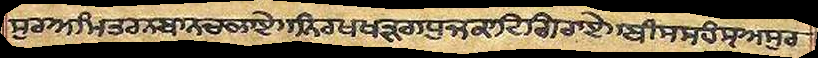
ਸੁਰਅਮਿਤਰਨਥਾਨਚਲਾਏ॥ਨਿਰਖਖੜਗਧੁਜਕਾਦਿਗਿਰਾਏ॥ਬੀਸਸਹੰਸਅਸੁਰ